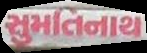
સુમતિનાथ